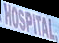
HOSPITAL,